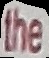
the